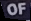
OF